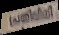
പ്രതിവിധി